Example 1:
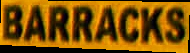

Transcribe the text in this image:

BARRACKS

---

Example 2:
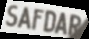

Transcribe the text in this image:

SAFDAR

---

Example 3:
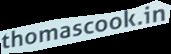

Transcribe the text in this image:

thomascook.in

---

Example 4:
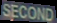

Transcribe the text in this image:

SECOND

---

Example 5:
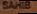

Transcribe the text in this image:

SAHIB